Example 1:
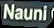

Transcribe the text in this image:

Nauni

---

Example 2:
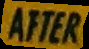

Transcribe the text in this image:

AFTER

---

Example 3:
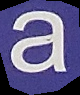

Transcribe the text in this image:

a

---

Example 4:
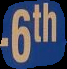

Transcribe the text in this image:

6th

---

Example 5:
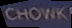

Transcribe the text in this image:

CHOWK